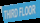
THIRDFLOOR